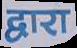
द्वारा